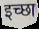
इच्छा